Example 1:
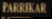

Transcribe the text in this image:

PARRIKAR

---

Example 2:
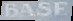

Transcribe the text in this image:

BASE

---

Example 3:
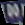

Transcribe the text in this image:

DO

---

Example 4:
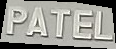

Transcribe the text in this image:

PATEL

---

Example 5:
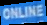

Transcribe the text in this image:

ONLINE